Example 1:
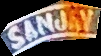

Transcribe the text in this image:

SANJAY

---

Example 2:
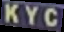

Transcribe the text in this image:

KYC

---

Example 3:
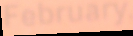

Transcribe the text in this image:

February.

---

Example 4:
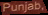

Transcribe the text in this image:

Punjab,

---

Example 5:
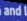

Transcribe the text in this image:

and